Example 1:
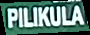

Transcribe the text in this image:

PILIKULA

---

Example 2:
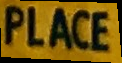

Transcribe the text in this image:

PLACE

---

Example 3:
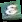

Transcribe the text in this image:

&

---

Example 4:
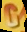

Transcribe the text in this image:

G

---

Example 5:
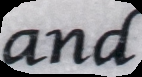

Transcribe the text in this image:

and